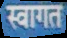
स्वागत